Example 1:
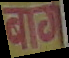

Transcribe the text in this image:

बाग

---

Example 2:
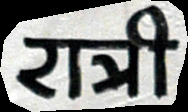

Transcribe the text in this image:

रात्री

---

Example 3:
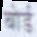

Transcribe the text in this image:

बोर्ड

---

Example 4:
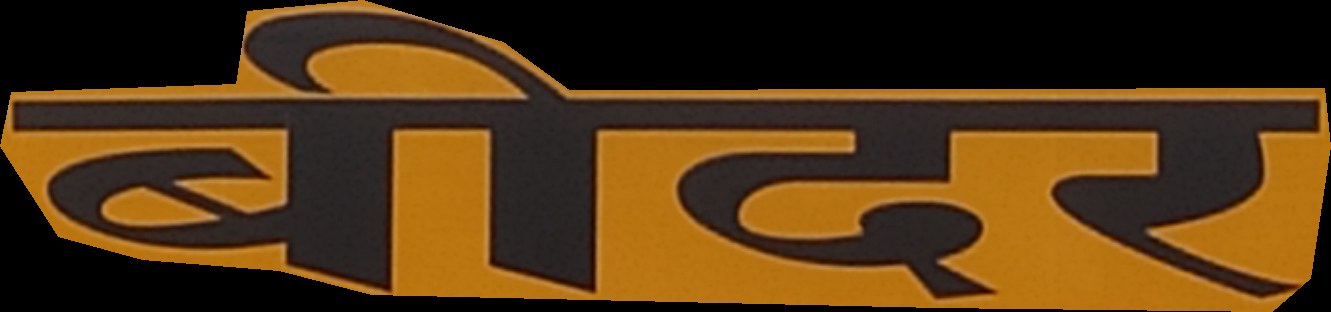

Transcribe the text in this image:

बीदर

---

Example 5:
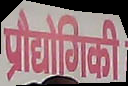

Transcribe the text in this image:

प्रौद्योगिकी